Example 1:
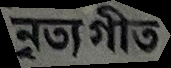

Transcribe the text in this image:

নৃত্যগীত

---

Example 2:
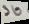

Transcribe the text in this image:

১৩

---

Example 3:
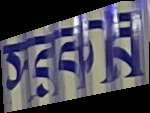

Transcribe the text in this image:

সরকাব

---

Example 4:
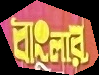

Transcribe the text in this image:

বাংলার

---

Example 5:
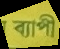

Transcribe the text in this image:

ব্যাপী